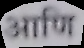
आणि